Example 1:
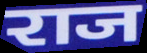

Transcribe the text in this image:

राज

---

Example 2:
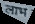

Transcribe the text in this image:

लाभ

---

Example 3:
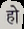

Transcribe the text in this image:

हो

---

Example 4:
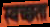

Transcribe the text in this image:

स्वच्छता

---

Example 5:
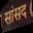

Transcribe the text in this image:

सांसद